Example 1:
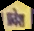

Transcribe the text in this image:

प्रवेश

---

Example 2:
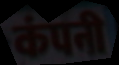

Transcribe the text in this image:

कंपनी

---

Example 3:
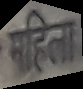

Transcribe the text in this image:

महिला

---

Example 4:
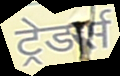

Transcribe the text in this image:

ट्रेडर्स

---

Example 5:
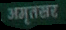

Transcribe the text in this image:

अमृतसर